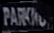
PARKING